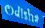
Odisha